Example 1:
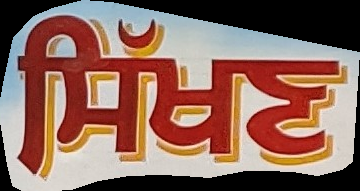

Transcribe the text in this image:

ਸਿੱਖਣ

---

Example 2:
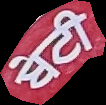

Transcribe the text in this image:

ਬੇਟੀ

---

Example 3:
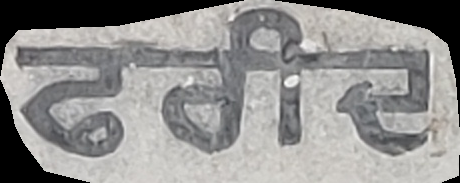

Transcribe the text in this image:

ਫਰੀਦ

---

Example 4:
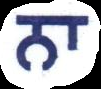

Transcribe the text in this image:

ਨਾ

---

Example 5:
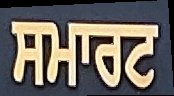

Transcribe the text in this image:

ਸਮਾਰਟ